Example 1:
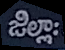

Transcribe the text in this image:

జిల్లా:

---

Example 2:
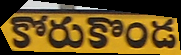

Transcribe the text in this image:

కోరుకొండ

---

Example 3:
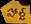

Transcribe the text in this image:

హాల్ద్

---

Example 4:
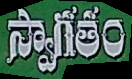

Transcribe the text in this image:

స్వాగతం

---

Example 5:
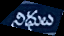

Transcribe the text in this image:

నిధులు